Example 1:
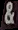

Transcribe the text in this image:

&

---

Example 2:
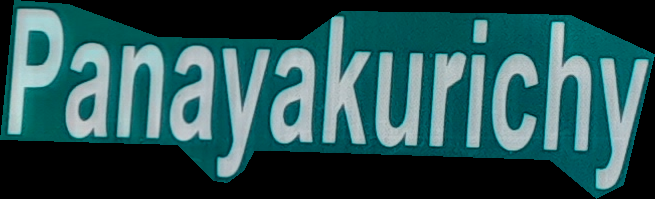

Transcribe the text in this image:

Panayakurichy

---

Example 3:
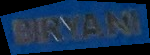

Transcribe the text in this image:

BIRYANI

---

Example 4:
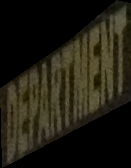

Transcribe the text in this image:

DEPARTMENT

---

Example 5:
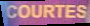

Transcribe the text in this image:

COURTES